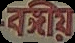
বঙ্গীয়